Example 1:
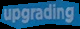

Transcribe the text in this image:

upgrading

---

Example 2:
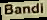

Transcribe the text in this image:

Bandi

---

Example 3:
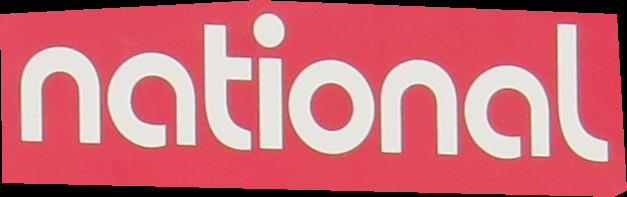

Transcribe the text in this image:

national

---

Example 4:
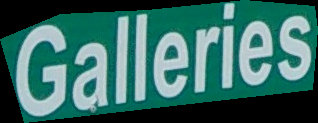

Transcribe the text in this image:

Galleries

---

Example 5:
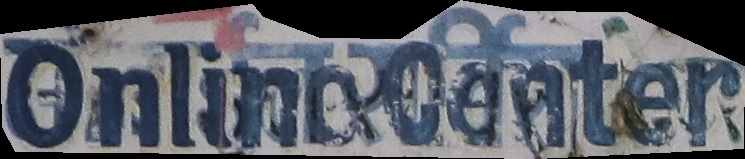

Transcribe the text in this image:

OnlineCenter